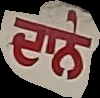
ਦਾਨੇ